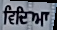
ਵਿਦਿਆ